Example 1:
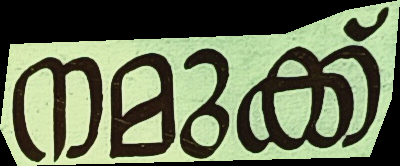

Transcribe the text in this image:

നമുക്ക്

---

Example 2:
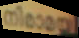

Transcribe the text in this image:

നിരാമയി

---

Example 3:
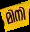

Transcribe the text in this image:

മിനി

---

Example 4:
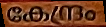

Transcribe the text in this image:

കേന്ദ്രം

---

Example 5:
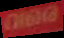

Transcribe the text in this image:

വരെ